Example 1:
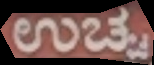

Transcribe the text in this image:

ಉಚ್ಟ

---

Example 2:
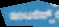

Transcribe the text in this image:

ಈಗಟಲೆನ್ಸ್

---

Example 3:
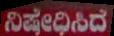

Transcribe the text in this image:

ನಿಷೇಧಿಸಿದ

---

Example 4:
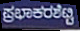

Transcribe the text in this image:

ಪ್ರಭಾಕರ ಶೆಟ್ಟ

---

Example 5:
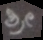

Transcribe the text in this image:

ಶ್ರೀ